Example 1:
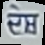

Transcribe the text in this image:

ਦੇਬ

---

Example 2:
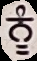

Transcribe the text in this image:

ਨੂੰ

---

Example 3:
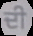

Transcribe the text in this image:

ਦੀ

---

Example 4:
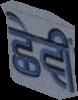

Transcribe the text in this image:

ਛੇਵੀਂ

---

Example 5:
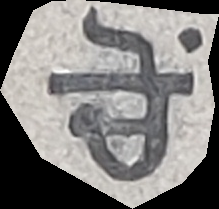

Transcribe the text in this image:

ਚੋਂ